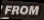
FROM